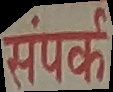
संपर्क